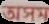
অসম